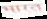
भारत